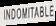
INDOMITABLE